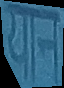
यान